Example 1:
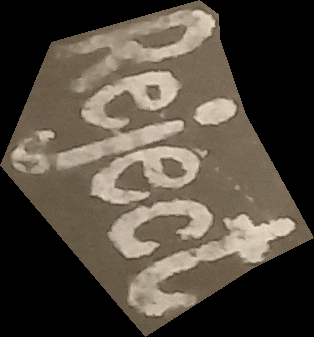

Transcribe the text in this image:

Reject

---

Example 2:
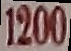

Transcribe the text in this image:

1200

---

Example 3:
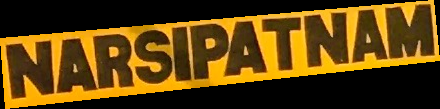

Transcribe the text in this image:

NARSIPATNAM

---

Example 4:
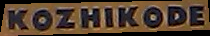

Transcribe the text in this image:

KOZHIKODE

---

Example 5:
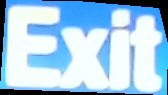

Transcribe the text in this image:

Exit